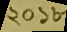
২০১৮